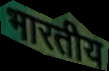
भारतीय